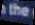
the